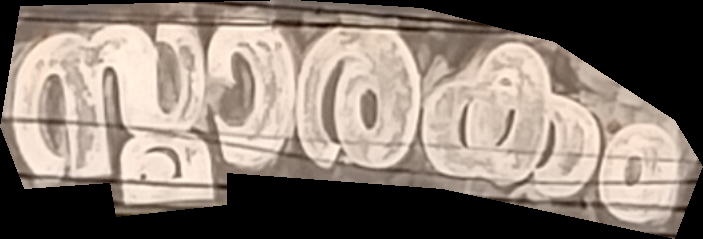
സ്മാരകം